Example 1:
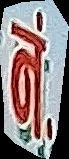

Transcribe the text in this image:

नं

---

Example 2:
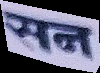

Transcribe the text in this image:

सन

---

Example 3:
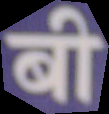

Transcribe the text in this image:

बी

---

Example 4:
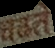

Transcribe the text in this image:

चलते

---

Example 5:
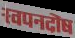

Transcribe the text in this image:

स्वपनदोष